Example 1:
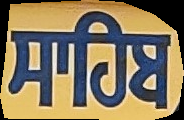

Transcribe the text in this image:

ਸਾਹਿਬ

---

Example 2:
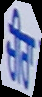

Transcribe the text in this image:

ਚੀਰਾ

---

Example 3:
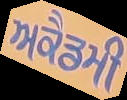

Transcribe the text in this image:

ਅਕੈਡਮੀ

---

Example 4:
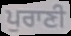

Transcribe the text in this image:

ਪੁਰਾਣੀ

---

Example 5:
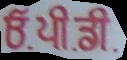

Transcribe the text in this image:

ਓ.ਪੀ.ਡੀ.